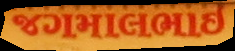
જગમાલભાઇ